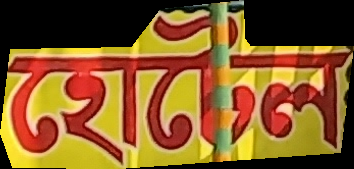
হোটেল